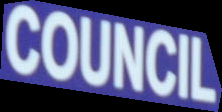
COUNCIL